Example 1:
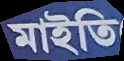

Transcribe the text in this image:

মাইতি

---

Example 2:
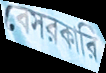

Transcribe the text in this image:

বেসরকারি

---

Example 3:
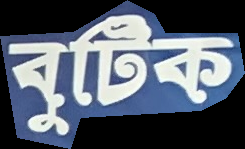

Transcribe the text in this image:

বুটিক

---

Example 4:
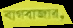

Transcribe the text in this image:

বাগবাজার,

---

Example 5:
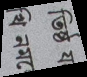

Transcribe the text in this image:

তিষ্ঠ যতে মুখি নমতে